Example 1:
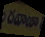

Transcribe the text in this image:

రవాణా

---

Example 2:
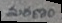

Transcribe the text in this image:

మరణం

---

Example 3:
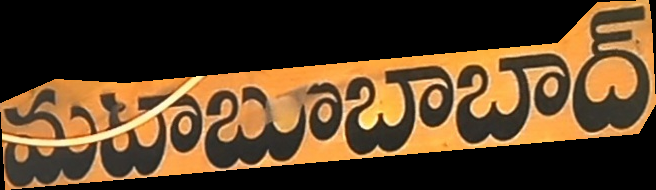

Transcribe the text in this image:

మహబూబాబాద్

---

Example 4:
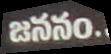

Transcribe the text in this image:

జననం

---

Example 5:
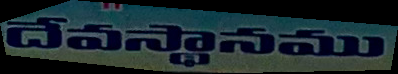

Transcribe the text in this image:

దేవస్థాసమ